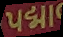
પદ્મા